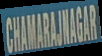
CHAMARAJNAGAR